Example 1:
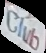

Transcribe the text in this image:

Club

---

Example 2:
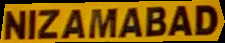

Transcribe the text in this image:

NIZAMABAD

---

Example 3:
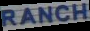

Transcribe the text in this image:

RANCH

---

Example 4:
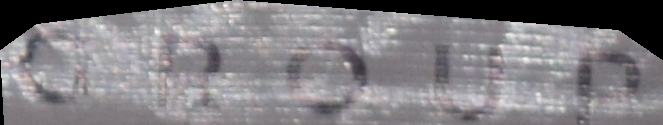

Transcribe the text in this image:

GROUP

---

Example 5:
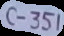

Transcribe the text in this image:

C-351